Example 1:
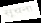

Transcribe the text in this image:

सूचना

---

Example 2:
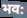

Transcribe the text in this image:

भवः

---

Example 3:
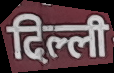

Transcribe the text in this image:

दिल्ली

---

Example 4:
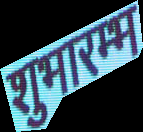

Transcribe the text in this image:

शुभारम्भ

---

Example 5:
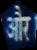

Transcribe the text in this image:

और